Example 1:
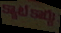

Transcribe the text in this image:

క్యాటకార్మ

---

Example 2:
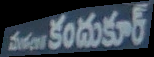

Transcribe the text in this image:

మదయి కందుకూర్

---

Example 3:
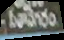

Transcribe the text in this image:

సీతానగరం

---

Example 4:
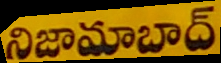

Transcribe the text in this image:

నిజామాబాద్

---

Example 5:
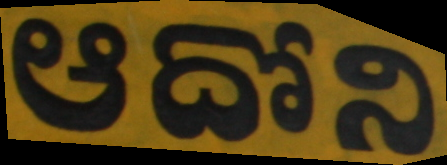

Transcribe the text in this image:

ఆదోని